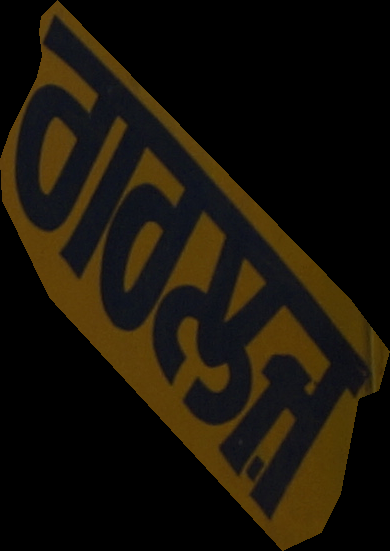
ਗਰਲਜ਼